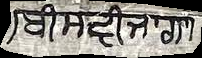
ਬੀਸਵੀਜਾਗਾ